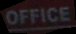
OFFICE